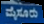
ಮೈಸೂರು